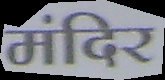
मंदिर